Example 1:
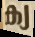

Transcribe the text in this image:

ക്വ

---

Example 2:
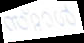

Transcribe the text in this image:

സ്‌റ്റാൾ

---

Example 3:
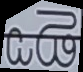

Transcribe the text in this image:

ഈ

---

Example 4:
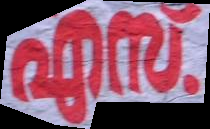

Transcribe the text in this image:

എസ്.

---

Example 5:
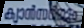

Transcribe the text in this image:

ക്യാൻസ